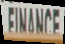
FINANCE